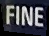
FINE